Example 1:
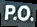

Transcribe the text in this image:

P.O.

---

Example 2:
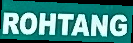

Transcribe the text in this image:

ROHTANG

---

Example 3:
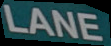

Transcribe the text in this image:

LANE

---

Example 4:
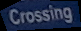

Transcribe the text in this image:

Crossing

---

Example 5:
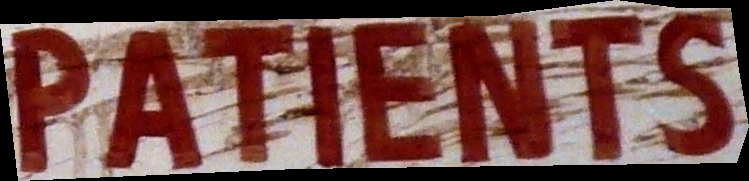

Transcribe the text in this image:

PATIENTS